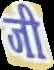
जी